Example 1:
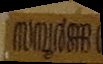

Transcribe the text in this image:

സമ്പൂർണ്ണ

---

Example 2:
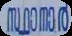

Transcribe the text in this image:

സ്ഥാനാർ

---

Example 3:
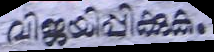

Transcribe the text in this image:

വിஜയിപ്പിക്കുകം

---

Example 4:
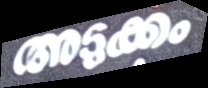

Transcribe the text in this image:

അടുക്കം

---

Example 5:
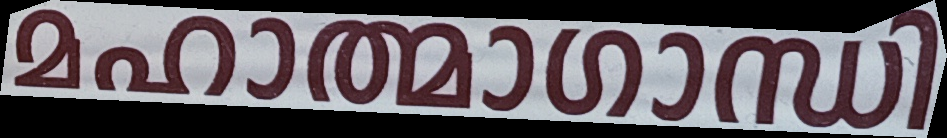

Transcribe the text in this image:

മഹാത്മാഗാന്ധി